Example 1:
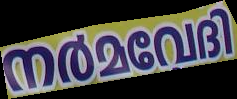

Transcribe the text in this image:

നർമവേദി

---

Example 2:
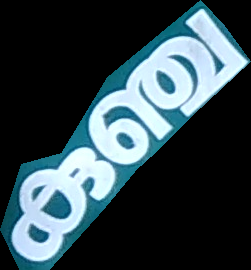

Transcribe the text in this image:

കുഞ്ച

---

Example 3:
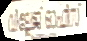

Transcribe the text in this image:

വില്ലേജ് ഓഫീസ്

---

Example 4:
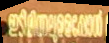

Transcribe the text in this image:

ഇടിമിന്നലുമെപ്പോൾ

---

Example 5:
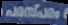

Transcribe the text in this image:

പരസ്‌പരം